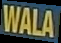
WALA